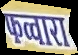
फव्वारा